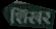
शिखर